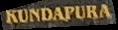
KUNDAPURA